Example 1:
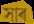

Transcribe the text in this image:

সাৰ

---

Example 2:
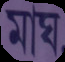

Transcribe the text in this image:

মাঘ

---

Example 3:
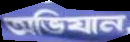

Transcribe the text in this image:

অভিযান,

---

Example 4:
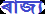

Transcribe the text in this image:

ৰাজ্য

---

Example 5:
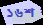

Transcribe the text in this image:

১৬শ